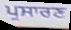
ਪ੍ਰਸਾਰਣ